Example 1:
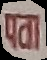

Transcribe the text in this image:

पता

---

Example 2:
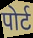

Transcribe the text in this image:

पोर्ट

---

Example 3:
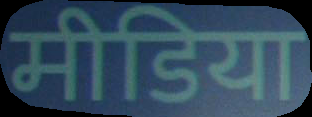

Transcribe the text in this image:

मीडिया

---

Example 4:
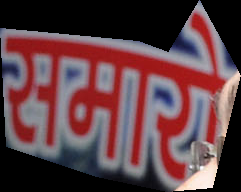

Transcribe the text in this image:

समारो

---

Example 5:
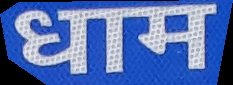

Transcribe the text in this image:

धाम